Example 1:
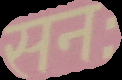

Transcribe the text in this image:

सनः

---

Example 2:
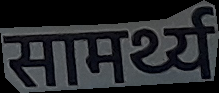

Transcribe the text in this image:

सामर्थ्य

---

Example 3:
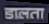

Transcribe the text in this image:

डालता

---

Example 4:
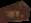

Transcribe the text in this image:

डा.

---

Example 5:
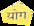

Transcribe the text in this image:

योग